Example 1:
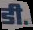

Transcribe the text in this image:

डी.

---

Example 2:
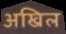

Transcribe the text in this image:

अखिल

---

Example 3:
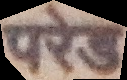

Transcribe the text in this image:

परेड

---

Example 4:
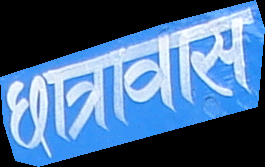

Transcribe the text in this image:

छात्रावास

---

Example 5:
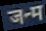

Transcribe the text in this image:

जन्म